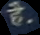
हैं